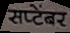
सप्टेंबर